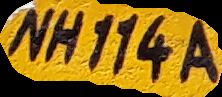
NH114A